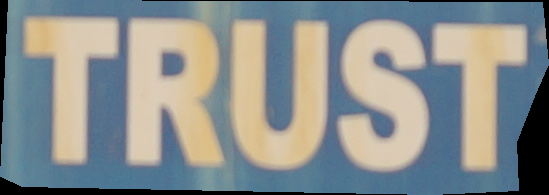
TRUST